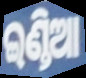
ଇଣ୍ଡିଆ